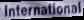
International